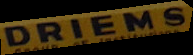
DRIEMS